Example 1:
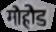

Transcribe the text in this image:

गोहोड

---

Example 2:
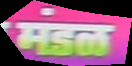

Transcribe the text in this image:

मंडळ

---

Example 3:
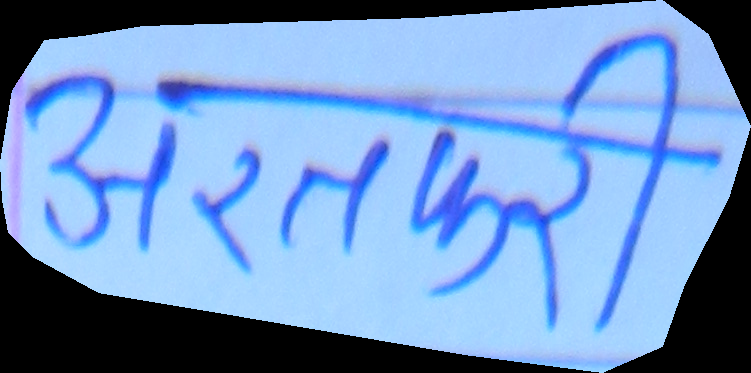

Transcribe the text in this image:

अरतफरी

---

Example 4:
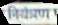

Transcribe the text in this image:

नियंत्रण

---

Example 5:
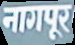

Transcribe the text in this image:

नागपूर